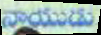
నాయబడు